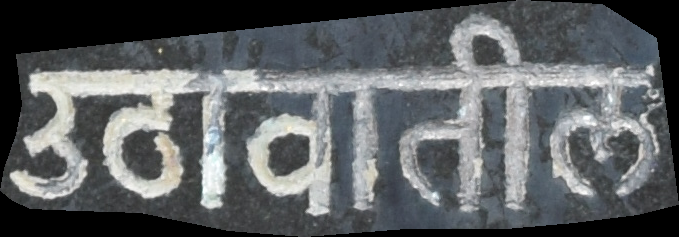
उठावातील